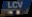
LCV